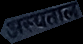
अस्पताल